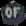
OF